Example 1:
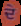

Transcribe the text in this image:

ਦੇ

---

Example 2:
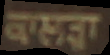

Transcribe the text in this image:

ਕਾਲੜਾ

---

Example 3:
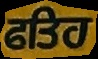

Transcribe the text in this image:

ਫਤਿਹ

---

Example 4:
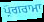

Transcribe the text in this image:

ਪ੍ਰੋਗਰਾਮਾ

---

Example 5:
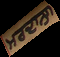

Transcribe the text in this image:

ਮਰਦਾਨਾ